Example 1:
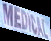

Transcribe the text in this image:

MEDICAL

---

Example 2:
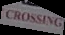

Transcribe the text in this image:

CROSSING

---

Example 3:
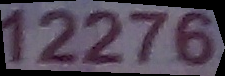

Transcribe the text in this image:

12276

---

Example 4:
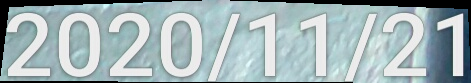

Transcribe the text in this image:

2020/11/21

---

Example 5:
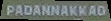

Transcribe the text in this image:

PADANNAKKAD